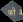
की